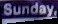
Sunday,